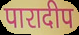
पारादीप